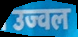
उज्वल